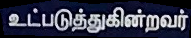
உட்படுத்துகின்றவர்